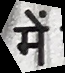
में